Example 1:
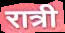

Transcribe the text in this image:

रात्री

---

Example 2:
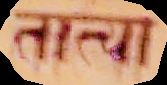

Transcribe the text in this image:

तात्या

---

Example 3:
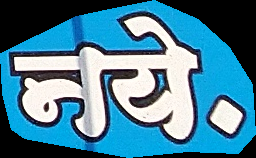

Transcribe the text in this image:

नये.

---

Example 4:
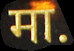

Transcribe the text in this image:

मा.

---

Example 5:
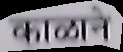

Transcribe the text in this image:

काळाने